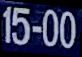
15-00